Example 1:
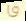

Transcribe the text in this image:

७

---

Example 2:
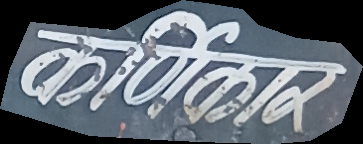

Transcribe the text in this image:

कर्णिकार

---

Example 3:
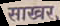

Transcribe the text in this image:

साखर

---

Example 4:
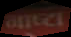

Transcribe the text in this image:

नाष्टा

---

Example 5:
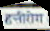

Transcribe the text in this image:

हत्तीरोग